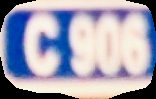
C906